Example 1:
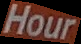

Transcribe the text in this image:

Hour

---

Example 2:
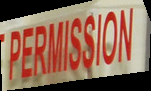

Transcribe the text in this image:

PERMISSION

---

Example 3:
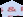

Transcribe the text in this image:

&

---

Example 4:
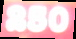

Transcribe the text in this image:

250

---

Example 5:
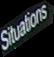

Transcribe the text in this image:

Situations